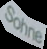
Sohne